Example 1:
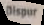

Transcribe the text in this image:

Dispur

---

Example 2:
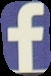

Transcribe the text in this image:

f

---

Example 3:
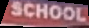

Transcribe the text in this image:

SCHOOL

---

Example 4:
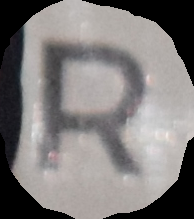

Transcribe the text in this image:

R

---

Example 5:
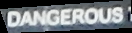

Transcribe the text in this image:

DANGEROUS